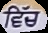
ਵਿੱਚ